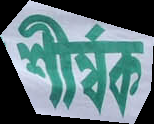
শীর্ষক